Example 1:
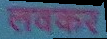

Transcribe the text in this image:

लवकर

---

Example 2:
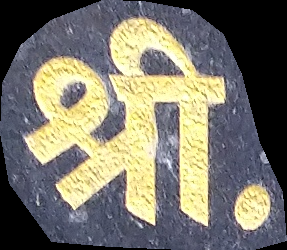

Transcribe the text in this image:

श्री.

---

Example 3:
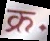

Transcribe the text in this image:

क्र.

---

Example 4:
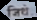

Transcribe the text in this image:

जिथे.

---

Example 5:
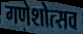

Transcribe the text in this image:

गणेशोत्सव